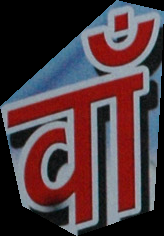
वॉं